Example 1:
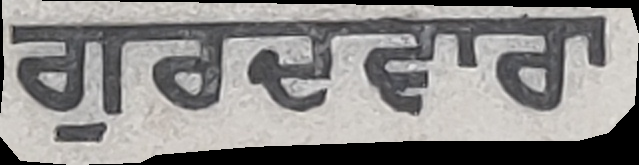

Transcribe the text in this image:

ਗੁਰਦਵਾਰਾ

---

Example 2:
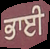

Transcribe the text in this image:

ਭਾਈ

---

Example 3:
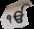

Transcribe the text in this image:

ੴ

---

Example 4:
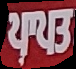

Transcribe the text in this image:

ਪਾਪਤ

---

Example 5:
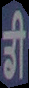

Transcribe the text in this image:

ਡੀ